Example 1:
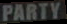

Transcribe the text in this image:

PARTY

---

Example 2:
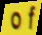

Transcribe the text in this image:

of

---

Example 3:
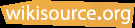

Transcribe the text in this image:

wikisource.org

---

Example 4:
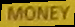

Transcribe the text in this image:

MONEY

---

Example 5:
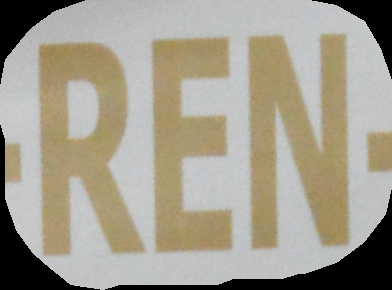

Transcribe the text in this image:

REN